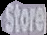
Store